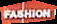
FASHION